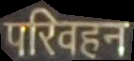
परिवहन